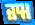
ਜਾਮ